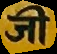
जी